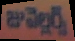
జువెల్లర్స్